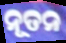
ନୁତନ